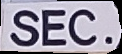
SEC.